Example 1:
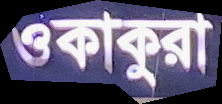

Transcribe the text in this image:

ওকাকুরা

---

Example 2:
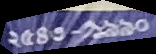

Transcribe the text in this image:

২৫৪৩-১৯৯০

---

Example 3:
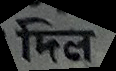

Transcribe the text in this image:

দিল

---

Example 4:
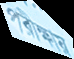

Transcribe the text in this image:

পরীক্ষ্যয়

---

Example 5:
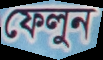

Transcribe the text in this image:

ফেলুন